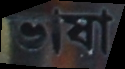
ভাষা